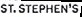
ST.STEPHEN